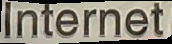
Internet